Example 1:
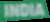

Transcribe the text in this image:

INDIA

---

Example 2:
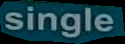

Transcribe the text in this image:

single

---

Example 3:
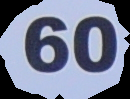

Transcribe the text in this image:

60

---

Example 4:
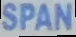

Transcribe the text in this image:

SPAN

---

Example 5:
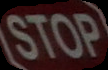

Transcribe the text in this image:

STOP